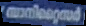
യാനിറ്റൈസർ